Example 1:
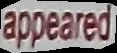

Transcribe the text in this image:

appeared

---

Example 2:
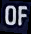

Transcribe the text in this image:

OF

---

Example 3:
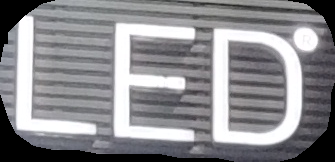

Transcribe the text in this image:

LED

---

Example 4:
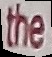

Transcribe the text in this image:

the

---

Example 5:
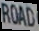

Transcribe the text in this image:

ROAD